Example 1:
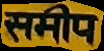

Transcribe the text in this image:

समीप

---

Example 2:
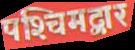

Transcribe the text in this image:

पश्चिमद्वार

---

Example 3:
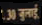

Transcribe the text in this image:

30 जुलाई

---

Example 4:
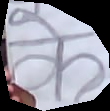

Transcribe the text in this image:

के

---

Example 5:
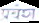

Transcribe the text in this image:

प्रवेश